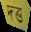
দত্ত